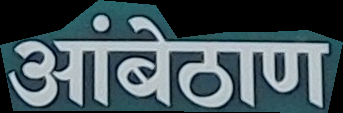
आंबेठाण